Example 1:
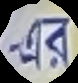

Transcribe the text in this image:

এর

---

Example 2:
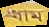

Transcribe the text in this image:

ধাম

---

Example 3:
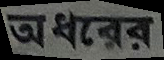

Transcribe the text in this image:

অধরের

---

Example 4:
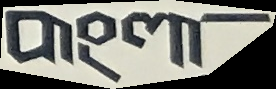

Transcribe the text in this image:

বাংলা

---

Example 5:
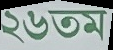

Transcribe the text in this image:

২৬তম